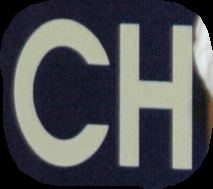
CH